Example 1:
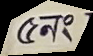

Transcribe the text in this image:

৫নং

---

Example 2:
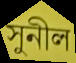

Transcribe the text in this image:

সুনীল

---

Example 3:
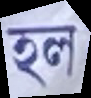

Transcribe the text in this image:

হল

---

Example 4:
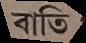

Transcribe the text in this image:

বাতি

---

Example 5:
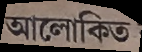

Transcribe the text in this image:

আলোকিত